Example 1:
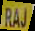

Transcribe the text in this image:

RAJ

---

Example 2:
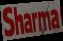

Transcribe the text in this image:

Sharma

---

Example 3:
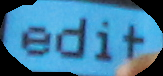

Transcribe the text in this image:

edit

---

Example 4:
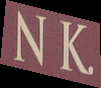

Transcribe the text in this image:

NK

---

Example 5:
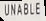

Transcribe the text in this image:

UNABLE